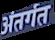
अंतर्गत